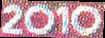
2010